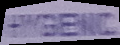
HYGENIC